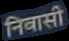
निवासी